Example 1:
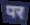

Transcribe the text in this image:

पर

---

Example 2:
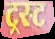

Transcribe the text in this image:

ट्रस्ट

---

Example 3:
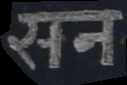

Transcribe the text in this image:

सन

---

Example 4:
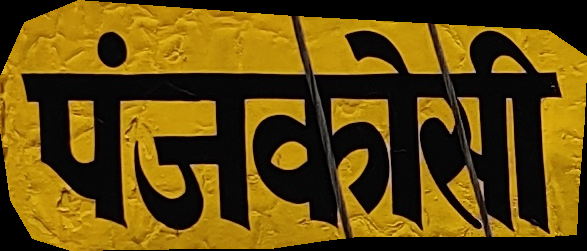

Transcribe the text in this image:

पंजकोसी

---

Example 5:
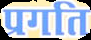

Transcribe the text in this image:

प्रगति